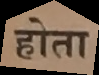
होता